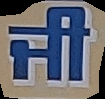
ਜੀ